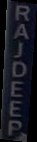
RAJDEEP